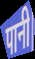
पानी